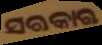
ସଚକାର